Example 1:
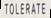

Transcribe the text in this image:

TOLERATE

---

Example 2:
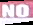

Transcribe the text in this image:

NO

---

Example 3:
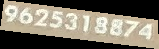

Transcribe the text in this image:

9625318874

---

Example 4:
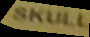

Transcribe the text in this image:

SKULL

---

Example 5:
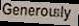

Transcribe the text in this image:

Generously